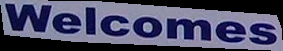
Welcomes